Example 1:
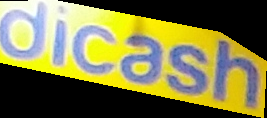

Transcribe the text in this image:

dicash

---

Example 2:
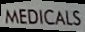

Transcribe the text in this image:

MEDICALS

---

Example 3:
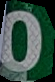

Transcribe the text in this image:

O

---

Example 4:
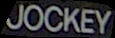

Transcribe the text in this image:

JOCKEY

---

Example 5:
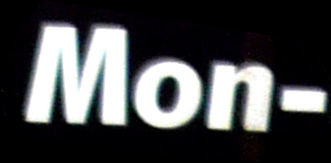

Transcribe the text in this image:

Mon-